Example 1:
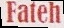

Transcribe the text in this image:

Fateh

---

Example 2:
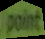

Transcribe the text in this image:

point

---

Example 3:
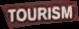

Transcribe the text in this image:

TOURISM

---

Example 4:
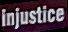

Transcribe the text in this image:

injustice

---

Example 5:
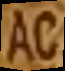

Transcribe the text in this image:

AC